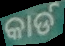
କାର୍ଡ